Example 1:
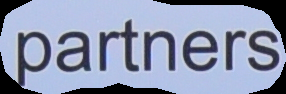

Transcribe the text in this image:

partners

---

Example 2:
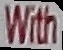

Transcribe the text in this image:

With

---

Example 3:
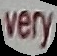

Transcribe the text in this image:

very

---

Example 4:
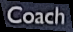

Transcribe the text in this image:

Coach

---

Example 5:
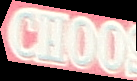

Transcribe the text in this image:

CHOO